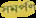
সমৰ্পণ